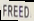
FREED.